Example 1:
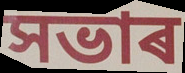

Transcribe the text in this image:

সভাৰ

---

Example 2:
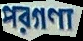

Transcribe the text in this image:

পরগণা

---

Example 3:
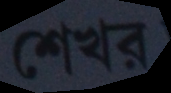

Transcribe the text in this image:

শেখর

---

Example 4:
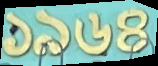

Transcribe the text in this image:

১৯৬৪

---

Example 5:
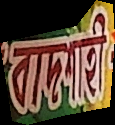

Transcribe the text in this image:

বাদশাহী